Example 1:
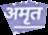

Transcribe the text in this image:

अमृत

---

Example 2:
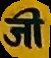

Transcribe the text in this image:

जी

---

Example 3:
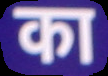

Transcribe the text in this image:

का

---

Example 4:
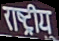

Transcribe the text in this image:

राष्ट्रीय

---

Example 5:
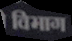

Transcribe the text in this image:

विभाग